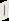
I